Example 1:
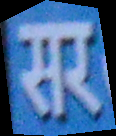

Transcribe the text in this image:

स‍र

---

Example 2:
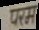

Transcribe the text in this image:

परम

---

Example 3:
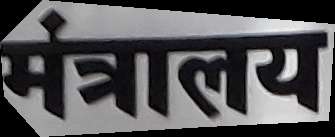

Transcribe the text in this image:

मंत्रालय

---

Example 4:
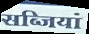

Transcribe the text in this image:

सब्जियां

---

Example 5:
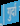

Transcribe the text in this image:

गुर्दा